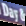
Day&